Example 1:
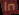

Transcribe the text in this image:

In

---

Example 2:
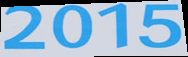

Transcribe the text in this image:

2015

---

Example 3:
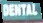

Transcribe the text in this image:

DENTAL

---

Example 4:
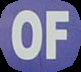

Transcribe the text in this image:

OF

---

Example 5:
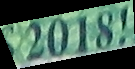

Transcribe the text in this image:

2018!